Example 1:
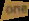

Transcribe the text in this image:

one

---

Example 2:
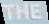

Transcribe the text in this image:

THE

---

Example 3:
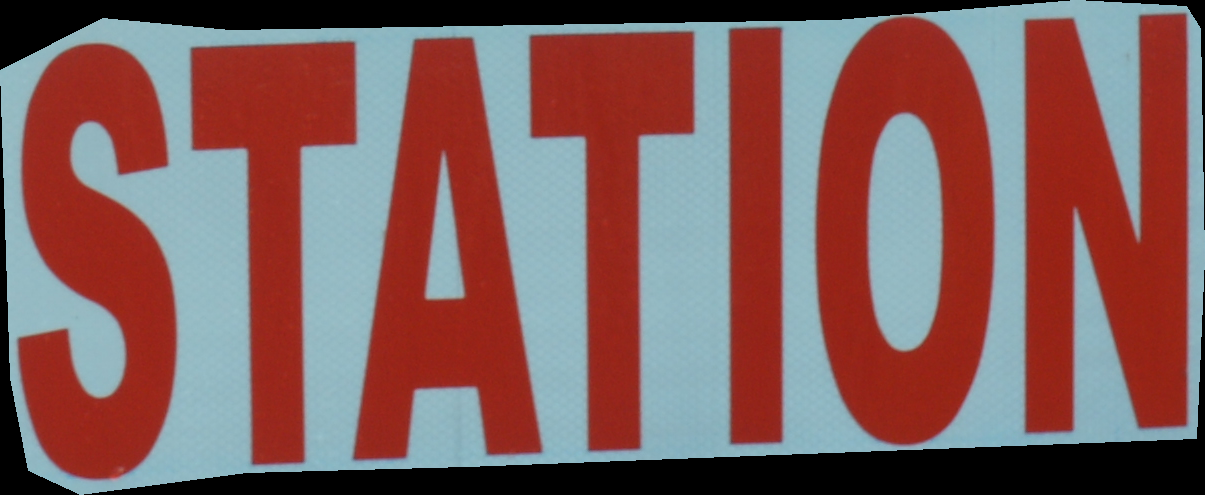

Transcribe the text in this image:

STATION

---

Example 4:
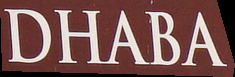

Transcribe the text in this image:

DHABA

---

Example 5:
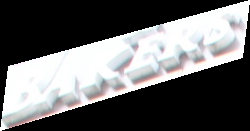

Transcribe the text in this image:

BAKERS